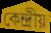
কেন্দ্ৰীয়